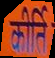
कीर्ति